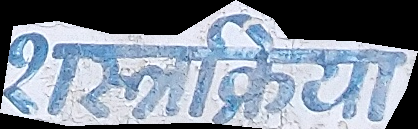
शस्त्रक्रिया